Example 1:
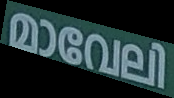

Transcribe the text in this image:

മാവേലി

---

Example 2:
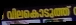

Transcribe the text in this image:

വിലകൊടുത്ത്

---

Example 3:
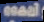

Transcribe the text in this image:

കൈലി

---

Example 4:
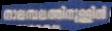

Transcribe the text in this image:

നാലമ്പലത്തിനുള്ളിൽ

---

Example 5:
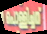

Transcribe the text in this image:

പൊള്ളിച്ചത്